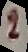
2